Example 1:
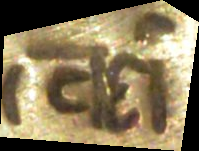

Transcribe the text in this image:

।वाँ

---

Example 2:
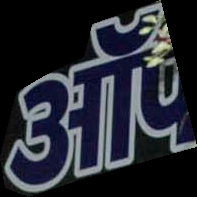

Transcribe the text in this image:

ऑप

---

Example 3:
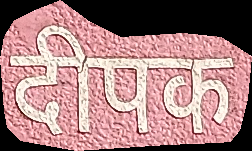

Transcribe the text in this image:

दीपक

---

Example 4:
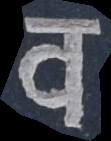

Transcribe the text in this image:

व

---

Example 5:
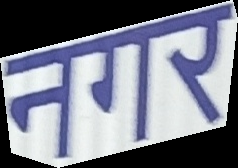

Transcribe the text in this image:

नगर